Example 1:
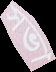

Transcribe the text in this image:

সভা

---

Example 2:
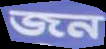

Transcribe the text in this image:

জন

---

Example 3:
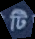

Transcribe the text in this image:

টি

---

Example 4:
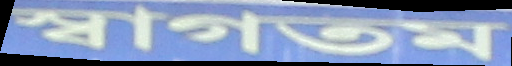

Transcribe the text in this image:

স্বাগতম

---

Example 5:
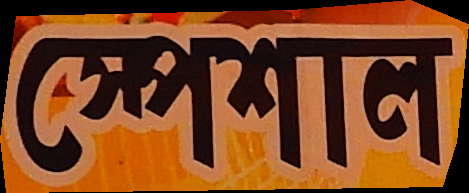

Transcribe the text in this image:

স্পেশাল